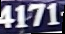
4171